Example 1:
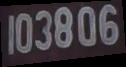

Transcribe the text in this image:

103806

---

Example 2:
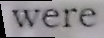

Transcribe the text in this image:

were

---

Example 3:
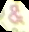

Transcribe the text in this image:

&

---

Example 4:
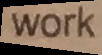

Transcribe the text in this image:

work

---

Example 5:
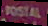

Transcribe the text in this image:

POSTAL